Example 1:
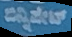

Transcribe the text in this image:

ಬನ್ನಿಪೇಟ್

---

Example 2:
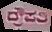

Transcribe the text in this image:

ದ್ರೌಪದಿ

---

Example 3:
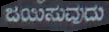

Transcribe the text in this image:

ಜಯಿಸುವುದು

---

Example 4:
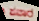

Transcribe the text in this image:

ಪವಾರ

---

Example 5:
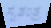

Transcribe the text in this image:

ಸ್ವತಂತ್ರ